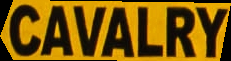
CAVALRY